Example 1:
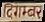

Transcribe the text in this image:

दिगम्बर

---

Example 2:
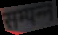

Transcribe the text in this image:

सम्पन्न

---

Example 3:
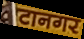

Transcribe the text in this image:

टानगर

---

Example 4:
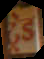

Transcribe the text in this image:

ट्रेड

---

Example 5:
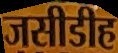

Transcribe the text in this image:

जसीडीह